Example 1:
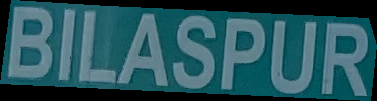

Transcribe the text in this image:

BILASPUR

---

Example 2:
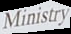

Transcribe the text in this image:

Ministry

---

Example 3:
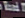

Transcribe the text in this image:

Road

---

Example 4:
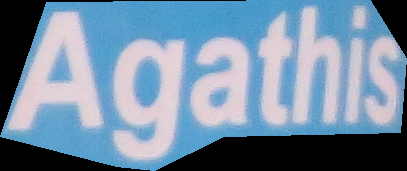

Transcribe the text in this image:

Agathis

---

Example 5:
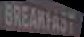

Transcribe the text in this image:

BREAKFAST